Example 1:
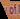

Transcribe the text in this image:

of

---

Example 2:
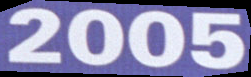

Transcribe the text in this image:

2005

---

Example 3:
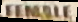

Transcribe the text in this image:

FEMALE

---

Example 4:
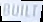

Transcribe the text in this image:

BUILT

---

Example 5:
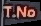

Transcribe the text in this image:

T.No